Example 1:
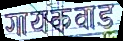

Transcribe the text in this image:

गायकवाड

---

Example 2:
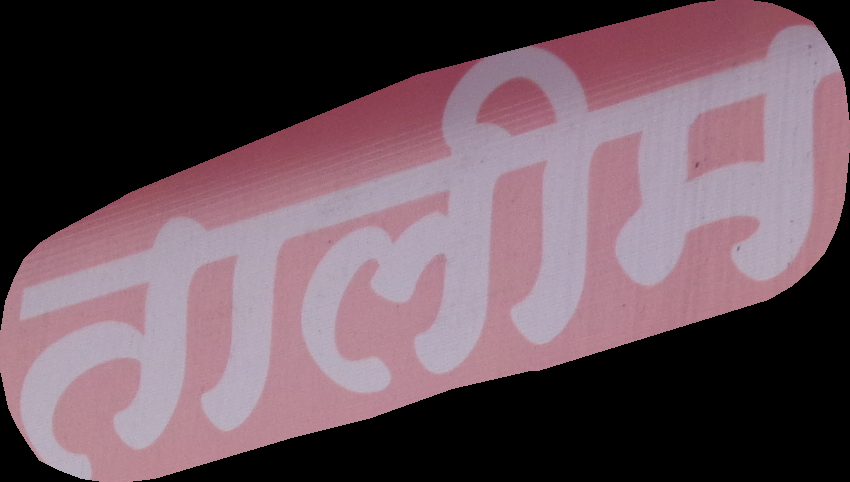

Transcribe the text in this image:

तालीम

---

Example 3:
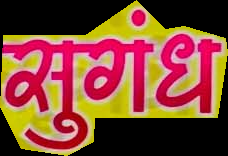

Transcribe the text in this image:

सुगंध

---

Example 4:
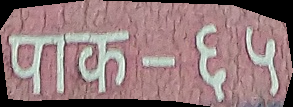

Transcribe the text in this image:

पाक-६५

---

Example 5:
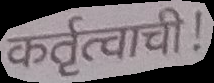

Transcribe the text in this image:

कर्तृत्वाची!